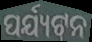
ପର୍ଯ୍ୟଟନ